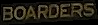
BOARDERS